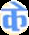
के